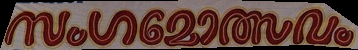
സംഗമോത്സവം